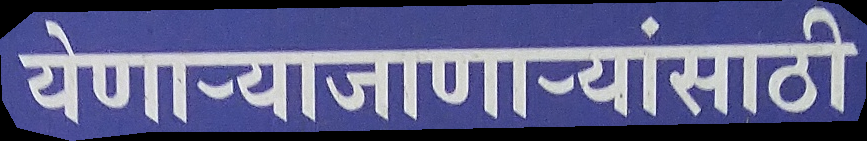
येणाऱ्याजाणाऱ्यांसाठी